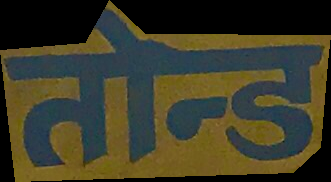
तोन्ड